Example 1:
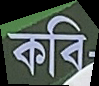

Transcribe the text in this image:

কবি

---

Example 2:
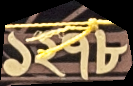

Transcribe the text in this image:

১২৭৮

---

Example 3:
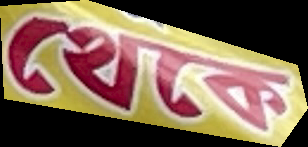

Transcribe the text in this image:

থেকে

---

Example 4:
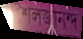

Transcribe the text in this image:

শৈলজানন্দ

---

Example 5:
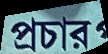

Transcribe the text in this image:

প্রচার